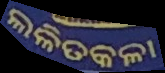
ଲଳିତ କଳା